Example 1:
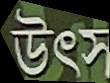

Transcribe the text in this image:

উৎস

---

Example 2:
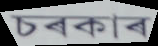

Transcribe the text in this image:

চৰকাৰ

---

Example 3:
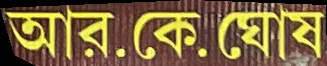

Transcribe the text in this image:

আর.কে. ঘোষ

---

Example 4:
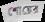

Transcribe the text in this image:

শোয়ের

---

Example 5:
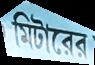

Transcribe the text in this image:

মিটারের